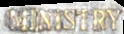
MINISTRY